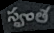
స్వంత